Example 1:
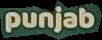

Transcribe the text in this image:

punjab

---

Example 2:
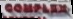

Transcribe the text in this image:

COMPLEX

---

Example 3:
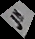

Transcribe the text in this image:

JN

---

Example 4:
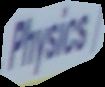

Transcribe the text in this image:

Physics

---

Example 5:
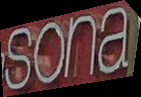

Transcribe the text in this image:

sona